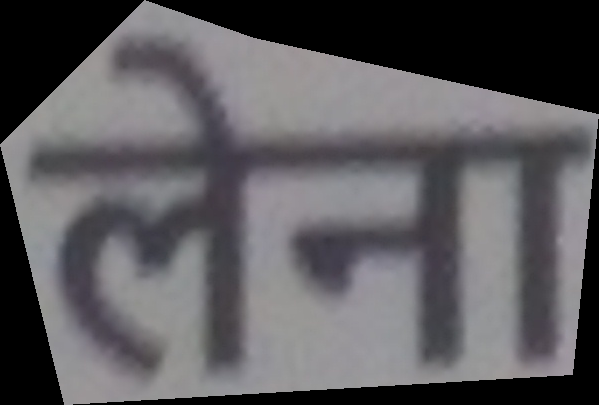
लेना